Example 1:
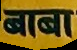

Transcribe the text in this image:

बाबा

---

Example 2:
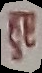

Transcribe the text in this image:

हुए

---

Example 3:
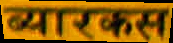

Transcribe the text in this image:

ब्यारकस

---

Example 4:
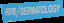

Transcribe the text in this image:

त्वचा/DERMATOLOGY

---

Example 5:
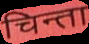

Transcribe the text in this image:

चिन्ता